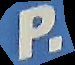
P.